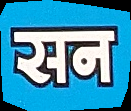
सन